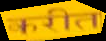
करीत